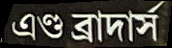
এণ্ডব্রাদার্স